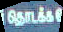
தொடக்க